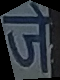
जे